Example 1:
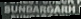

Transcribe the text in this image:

BUNDARGARH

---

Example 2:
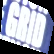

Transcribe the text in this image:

GRID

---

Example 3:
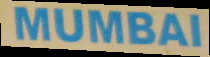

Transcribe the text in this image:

MUMBAI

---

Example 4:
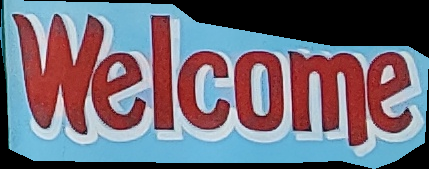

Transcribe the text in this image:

Welcome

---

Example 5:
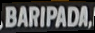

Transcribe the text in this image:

BARIPADA,